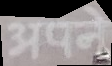
अपने